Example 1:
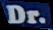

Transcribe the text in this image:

Dr.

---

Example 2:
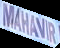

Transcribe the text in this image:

MAHAVIR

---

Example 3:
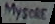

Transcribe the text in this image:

MyscRE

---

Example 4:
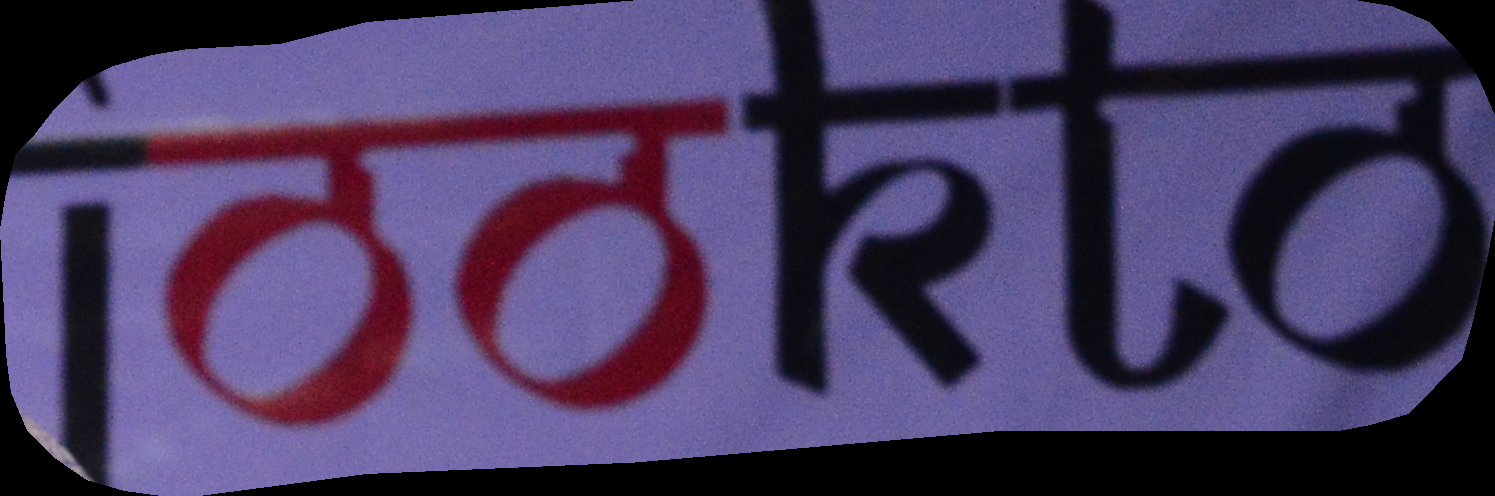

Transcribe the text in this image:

jookto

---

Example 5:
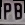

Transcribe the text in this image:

PB